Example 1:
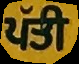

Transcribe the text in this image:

ਪੱਤੀ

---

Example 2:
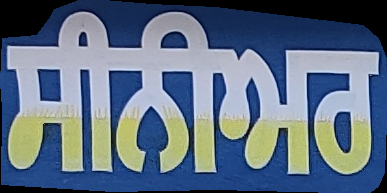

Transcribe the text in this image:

ਸੀਨੀਅਰ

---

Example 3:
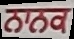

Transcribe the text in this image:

ਨਾਨਕ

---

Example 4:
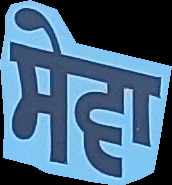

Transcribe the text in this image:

ਸੇਵਾ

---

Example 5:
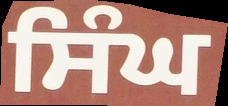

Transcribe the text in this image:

ਸਿੰਘ